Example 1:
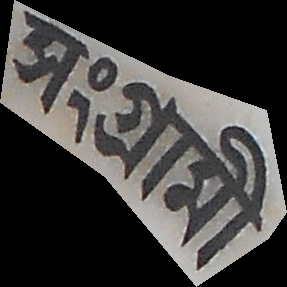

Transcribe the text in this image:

সংগ্রামী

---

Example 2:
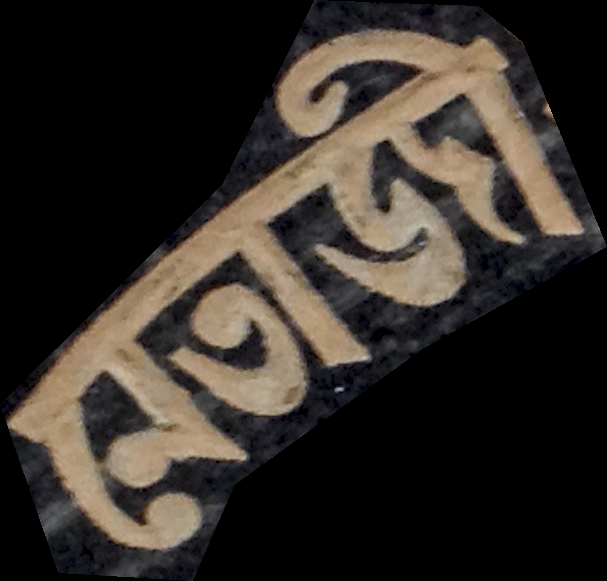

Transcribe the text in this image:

নেতাজী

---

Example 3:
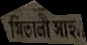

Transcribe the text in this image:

মিতালী সহ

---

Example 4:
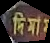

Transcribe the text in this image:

দিমা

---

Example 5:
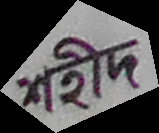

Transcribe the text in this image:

শহীদ